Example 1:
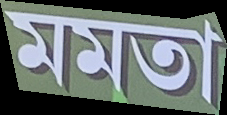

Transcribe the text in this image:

মমতা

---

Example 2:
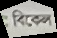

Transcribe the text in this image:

বিকেল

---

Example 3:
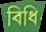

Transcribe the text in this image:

বিধি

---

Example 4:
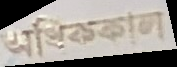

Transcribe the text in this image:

অধিককাল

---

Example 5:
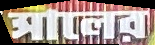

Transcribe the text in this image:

সালের